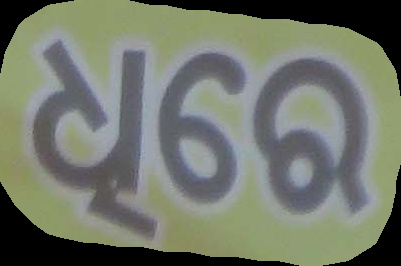
ଧୂରେ